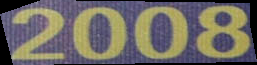
2008